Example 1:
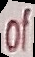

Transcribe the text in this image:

of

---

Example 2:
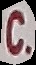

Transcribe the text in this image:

C.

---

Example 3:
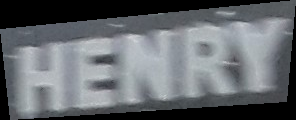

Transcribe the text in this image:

HENRY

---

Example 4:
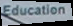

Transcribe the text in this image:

Education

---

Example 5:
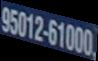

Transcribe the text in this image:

95012-61000,